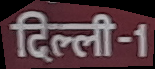
दिल्ली-1